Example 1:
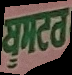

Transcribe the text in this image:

ਬੂਸਟਰ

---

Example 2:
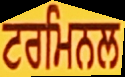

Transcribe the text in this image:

ਟਰਮਿਨਲ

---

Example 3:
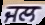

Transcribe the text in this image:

ਜਲ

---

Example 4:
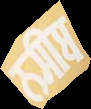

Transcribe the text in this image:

ਨਸੀਬ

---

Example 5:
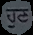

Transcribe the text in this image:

ਹੁਣ